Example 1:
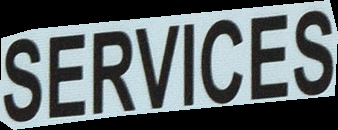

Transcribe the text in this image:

SERVICES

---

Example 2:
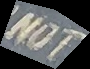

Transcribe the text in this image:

NOT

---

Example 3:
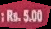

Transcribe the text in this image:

Rs.5.00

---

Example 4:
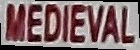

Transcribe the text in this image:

MEDIEVAL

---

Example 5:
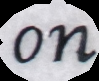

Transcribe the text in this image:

on